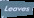
Leaves